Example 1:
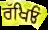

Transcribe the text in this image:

ਰੱਖਿੳ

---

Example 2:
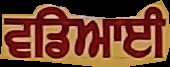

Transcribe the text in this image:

ਵਡਿਆਈ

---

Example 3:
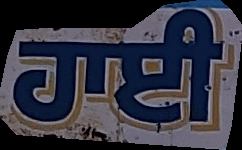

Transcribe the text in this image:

ਹਾਈ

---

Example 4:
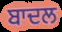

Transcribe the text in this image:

ਬਾਦਲ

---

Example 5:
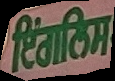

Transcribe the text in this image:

ਇੰਗਲਿਸ